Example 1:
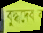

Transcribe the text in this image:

বুদ্ধদেব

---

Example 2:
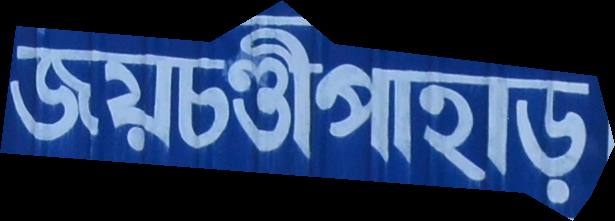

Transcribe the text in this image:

জয়চণ্ডীপাহাড়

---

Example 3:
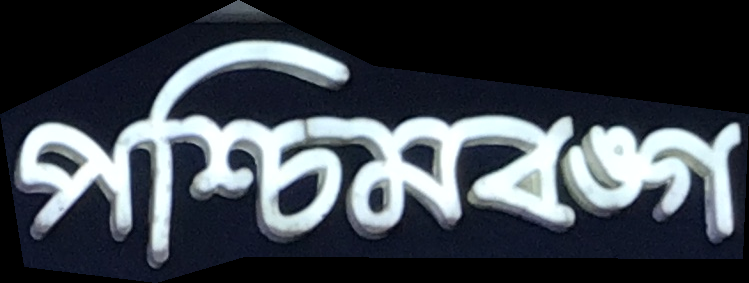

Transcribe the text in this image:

পশ্চিমবঙ্গ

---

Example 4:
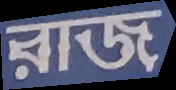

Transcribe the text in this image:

রাজ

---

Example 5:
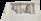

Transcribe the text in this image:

যাত্রা